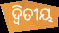
ଦ୍ବିତୀୟ